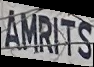
AMRITS